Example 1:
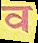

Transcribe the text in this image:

व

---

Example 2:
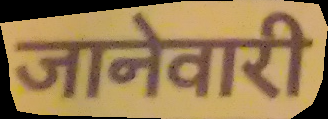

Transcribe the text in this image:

जानेवारी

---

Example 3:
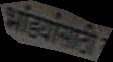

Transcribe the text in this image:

भांड्यांसाठी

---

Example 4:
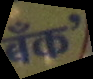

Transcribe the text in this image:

बँक '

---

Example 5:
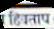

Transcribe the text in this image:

हिवताप